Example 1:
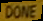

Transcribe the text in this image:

DONE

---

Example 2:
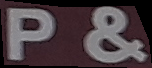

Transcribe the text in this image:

P&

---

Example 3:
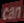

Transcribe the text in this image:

can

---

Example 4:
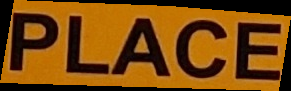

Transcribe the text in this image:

PLACE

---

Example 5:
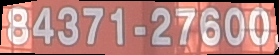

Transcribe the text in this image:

84371-27600